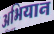
अभियान